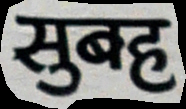
सुबह